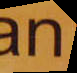
an